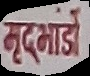
मृद्‌भांडों